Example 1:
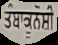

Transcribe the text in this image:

ਤੰਬਾਕੂਨੇਸ਼ੀ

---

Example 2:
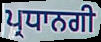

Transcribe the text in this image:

ਪ੍ਰਧਾਨਗੀ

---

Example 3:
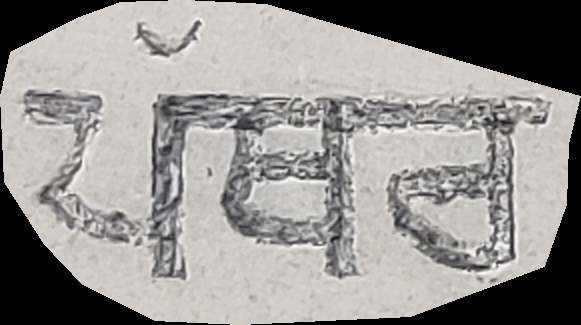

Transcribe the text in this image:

ਪੱਥਰ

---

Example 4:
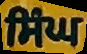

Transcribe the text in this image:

ਸਿੰਘ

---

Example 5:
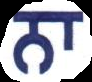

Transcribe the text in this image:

ਨਾ